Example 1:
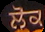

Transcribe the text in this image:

ਲੋਕ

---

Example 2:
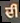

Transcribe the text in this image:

ਦੀ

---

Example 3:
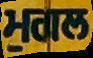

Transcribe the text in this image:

ਮੁਗਲ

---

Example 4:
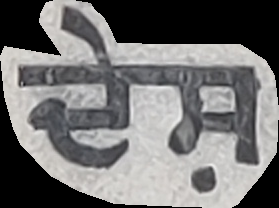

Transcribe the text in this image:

ਦੇਸ਼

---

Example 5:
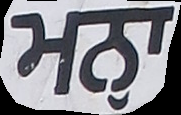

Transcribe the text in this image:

ਮਨੁਾ